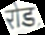
रोड,